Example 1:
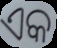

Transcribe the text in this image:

ଏକ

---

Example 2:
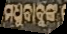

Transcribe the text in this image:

ମଧୁବାବୁଙ୍କ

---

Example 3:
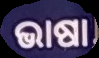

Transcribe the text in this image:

ଭାଷା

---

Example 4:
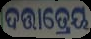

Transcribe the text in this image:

ଦତ୍ତାତ୍ରେୟ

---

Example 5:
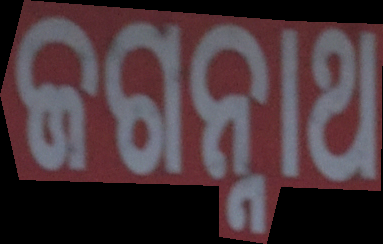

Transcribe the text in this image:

ଜଗନ୍ନାଥ